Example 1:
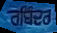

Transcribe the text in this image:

ਰਥਿੰਦਰ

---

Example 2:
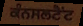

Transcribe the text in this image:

ਕੰਨਸਲਟੈਂਟ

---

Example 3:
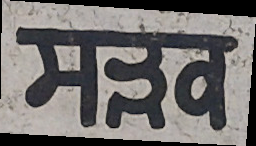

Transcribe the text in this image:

ਸੜਕ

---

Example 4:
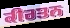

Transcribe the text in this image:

ਕੀਰਤਨ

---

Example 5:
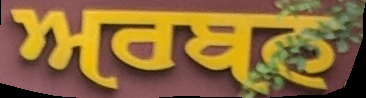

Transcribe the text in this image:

ਅਰਬਨ